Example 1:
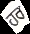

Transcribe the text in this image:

ਹਰ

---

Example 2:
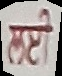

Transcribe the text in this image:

ਲਈ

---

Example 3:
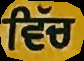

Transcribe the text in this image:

ਵਿੱਚ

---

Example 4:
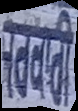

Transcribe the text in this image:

ਸਰਕਾਰੀ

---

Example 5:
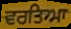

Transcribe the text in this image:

ਵਰਤਿਆ